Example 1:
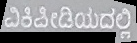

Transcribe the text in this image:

ವಿಕಿಪೀಡಿಯದಲ್ಲಿ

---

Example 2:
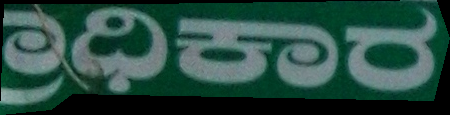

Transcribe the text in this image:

ಾಧಿಕಾರ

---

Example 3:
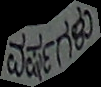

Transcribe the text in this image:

ವರ್ಷಗಳು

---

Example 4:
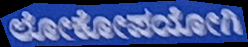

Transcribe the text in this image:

ಲೋಕೋಪಯೋಗಿ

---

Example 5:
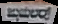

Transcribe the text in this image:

ಜ್ಯುಯಲದ್